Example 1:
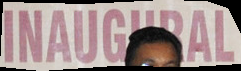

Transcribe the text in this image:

INAUGURAL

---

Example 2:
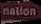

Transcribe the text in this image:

nation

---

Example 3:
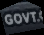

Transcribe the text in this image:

GOVT.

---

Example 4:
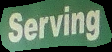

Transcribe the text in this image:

Serving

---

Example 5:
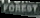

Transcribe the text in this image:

FOREST